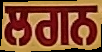
ਲਗਨ